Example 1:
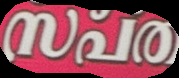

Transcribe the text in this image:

സ്പത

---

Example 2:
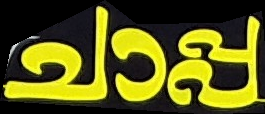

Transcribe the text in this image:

ചാപ്പ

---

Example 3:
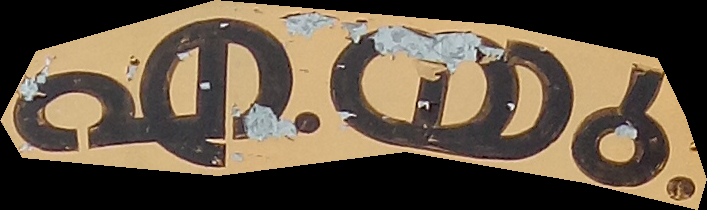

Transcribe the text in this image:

എ.യു.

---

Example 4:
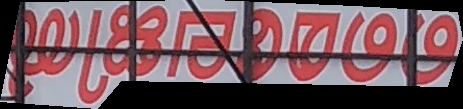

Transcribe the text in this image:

മൈലേജിൽ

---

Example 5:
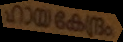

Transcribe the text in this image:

ഹായകേന്ദ്രം